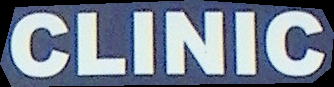
CLINIC